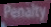
Penalty